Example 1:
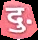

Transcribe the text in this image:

दु.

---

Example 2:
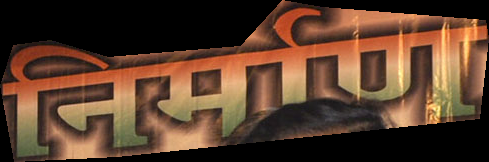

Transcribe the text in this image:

निर्माण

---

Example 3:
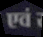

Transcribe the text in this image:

एवं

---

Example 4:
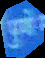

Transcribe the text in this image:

पुणे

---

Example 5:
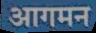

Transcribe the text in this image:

आगमन